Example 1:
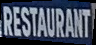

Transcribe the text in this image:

RESTAURANT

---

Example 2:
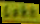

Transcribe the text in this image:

Lake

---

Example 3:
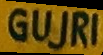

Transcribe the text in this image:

GUJRI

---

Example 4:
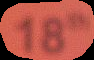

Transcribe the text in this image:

18th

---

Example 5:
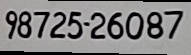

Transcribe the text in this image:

98725-26087